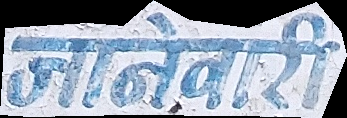
जानेवारी